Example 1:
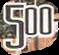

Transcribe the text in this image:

500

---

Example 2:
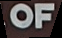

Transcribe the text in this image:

OF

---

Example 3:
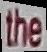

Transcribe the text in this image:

the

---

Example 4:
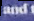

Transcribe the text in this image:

and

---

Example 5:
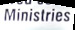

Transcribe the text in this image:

Ministries